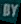
BY